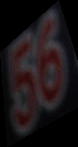
56